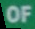
OF